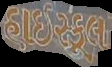
હાઈસ્કૂલ